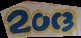
2013